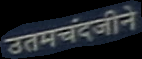
उतमचंदजीने